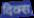
दिवस